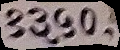
१३़५०,